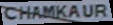
CHAMKAUR